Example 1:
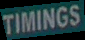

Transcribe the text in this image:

TIMINGS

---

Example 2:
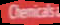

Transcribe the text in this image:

Chemicals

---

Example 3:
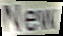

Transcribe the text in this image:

New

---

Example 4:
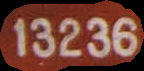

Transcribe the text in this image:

13236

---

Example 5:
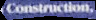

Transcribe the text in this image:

Construction,